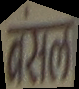
बंसल